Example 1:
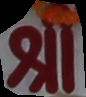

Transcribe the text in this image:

શ્રી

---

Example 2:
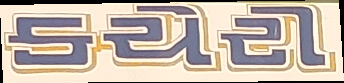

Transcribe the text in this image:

કચેરી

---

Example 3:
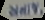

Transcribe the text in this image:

સનાજ,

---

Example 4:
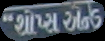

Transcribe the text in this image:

શૉપ્સએન્ડ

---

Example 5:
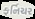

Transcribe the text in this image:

ફર્નિચર